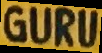
GURU